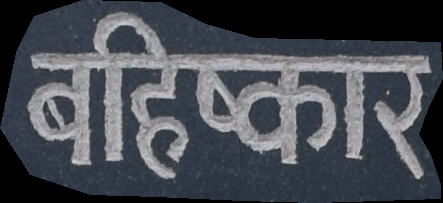
बहिष्कार